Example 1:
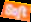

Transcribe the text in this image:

Soft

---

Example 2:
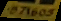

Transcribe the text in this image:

871605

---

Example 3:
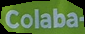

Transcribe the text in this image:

Colaba-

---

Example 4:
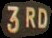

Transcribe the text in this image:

3RD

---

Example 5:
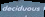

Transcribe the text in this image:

deciduous